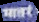
मातरंं